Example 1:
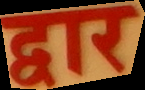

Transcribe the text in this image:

द्वार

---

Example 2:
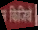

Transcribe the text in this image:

किजिये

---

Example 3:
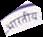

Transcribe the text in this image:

भारतीय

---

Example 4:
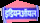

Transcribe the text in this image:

इंडियनऑयल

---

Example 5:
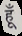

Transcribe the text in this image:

हूँ